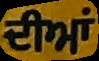
ਦੀਆਂ